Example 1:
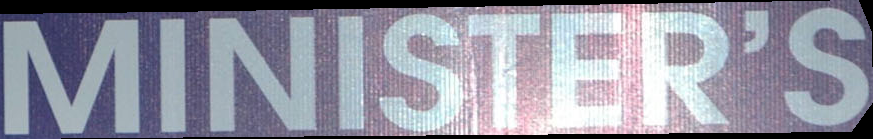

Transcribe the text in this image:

MINISTER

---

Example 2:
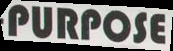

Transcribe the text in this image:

PURPOSE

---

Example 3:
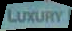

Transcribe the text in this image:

LUXURY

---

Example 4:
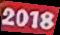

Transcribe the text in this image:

2018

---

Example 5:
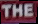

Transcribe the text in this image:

THE